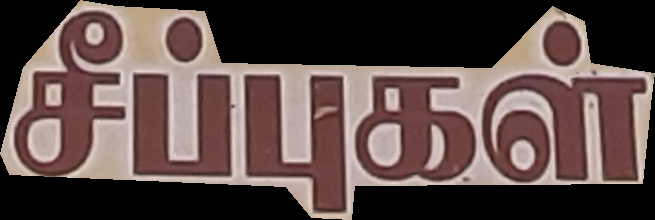
சீப்புகள்